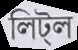
লিট্ল